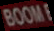
BOOM